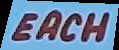
EACH